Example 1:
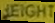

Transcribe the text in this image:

HEIGHT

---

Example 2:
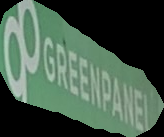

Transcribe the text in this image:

GREENPANEL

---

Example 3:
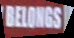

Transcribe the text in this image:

BELONGS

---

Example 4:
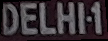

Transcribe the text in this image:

DELHI-1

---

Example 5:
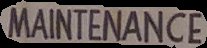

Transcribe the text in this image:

MAINTENANCE